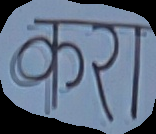
करा